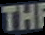
THE